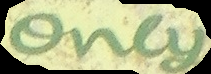
Only